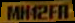
MH12FR